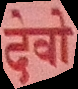
देवो